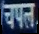
चपल